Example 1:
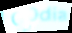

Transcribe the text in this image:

Odia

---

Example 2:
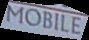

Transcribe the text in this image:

MOBILE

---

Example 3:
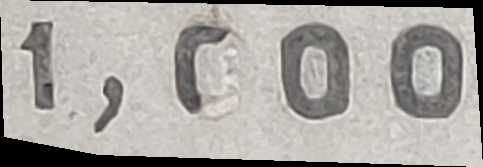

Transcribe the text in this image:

1,000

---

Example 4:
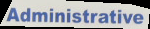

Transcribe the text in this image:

Administrative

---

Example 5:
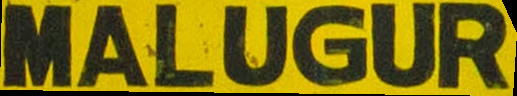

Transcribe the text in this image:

MALUGUR